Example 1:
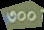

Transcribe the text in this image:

৩০০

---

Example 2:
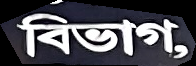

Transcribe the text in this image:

বিভাগ,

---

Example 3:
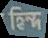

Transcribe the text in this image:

হিন্দা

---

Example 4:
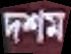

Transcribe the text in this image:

দশম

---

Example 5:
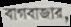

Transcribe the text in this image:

বাগবাজার,